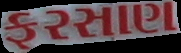
ફરસાણ